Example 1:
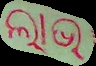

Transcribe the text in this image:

ଲାଭ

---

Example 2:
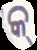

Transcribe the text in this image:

କ୍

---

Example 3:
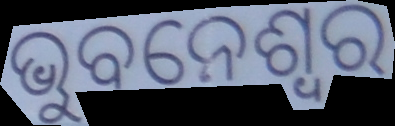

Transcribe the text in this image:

ଭୁବନେଶ୍ବର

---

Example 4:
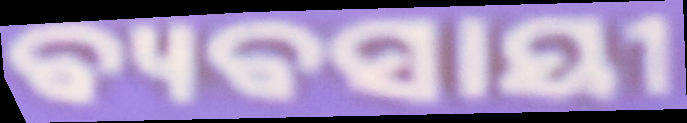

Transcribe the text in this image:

ବ୍ୟବସାୟୀ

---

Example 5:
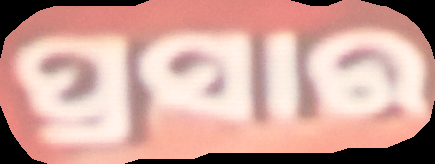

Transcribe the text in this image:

ପ୍ରସାର